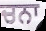
ਚਨਾ